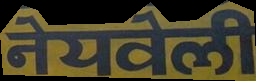
नेयवेली